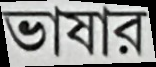
ভাষার